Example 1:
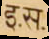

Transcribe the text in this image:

इ.स.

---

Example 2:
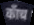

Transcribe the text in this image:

काँच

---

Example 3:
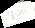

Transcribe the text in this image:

पूजा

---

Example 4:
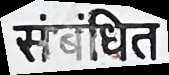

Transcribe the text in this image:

संबंधित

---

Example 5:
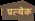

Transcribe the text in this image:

प्रत्येक